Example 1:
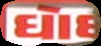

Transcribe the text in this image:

ધોદ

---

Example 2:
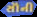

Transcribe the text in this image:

સૌની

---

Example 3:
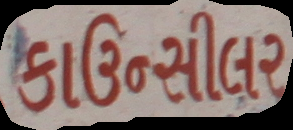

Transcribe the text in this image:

કાઉન્સીલર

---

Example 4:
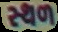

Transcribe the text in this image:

સ્થળ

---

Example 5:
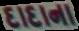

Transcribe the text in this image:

દાદાના